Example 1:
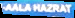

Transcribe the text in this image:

AALAHAZRAT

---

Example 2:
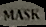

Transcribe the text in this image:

MASK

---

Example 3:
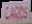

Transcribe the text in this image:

CARDS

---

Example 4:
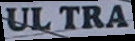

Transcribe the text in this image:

ULTRA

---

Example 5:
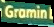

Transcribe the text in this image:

Gramin